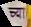
च्या